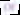
OF